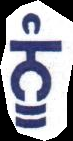
ਨੂੰ